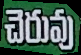
చెరువు